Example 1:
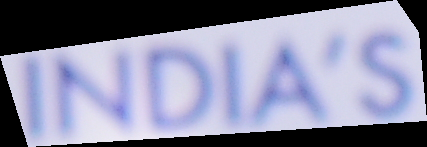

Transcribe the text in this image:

INDIA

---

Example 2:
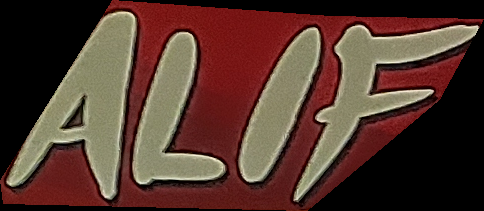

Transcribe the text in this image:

ALIF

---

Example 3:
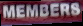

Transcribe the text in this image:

MEMBERS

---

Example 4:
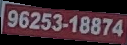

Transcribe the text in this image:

96253-18874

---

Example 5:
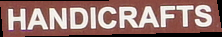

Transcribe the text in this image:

HANDICRAFTS